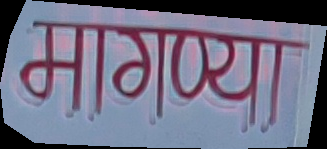
मागण्या